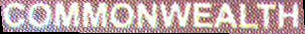
COMMONWEALTH